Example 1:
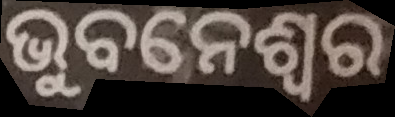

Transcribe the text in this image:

ଭୁବନେଶ୍ବର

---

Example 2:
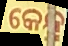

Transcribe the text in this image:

କେ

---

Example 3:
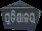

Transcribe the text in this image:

ପ୍ରତିକ୍ଷାଳୟ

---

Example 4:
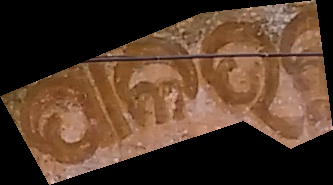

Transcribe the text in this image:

ପାଳଭ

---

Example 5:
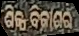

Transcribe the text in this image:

ଶିଳ୍ପ ବିକାଶର